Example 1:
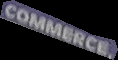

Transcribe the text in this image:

COMMERCE,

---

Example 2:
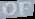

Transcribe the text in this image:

OF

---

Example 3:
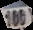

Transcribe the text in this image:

100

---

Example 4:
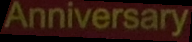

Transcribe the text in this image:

Anniversary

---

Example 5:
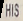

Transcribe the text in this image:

HIS